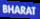
BHARAT